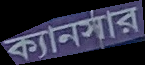
ক্যানসার